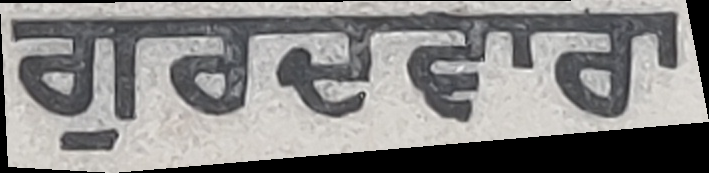
ਗੁਰਦਵਾਰਾ